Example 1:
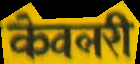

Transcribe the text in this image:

केवलरी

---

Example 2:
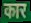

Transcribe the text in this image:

कार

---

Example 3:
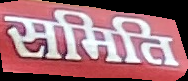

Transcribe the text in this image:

समिति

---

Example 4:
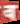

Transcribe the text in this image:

व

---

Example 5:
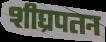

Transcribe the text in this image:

शीघ्रपतन